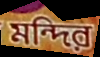
মন্দির